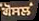
ਗੋਸਲ